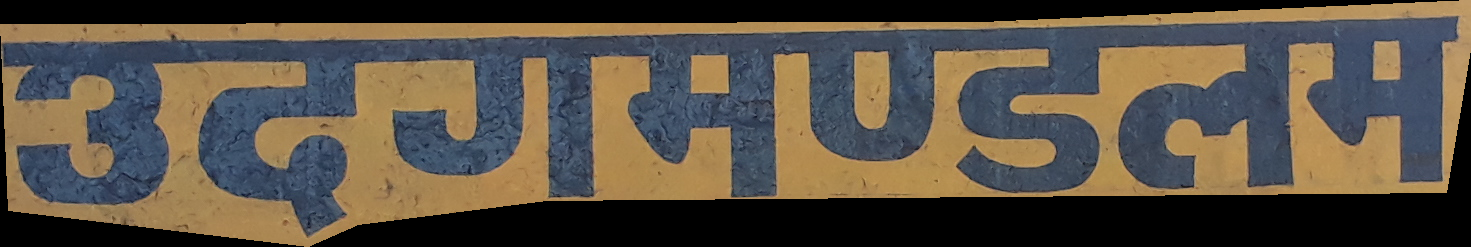
उदगमण्डलम